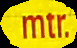
mtr.